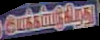
இயக்கப்படுகிறது